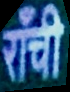
राँची